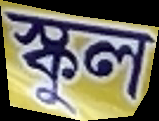
স্কুল